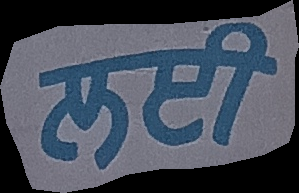
ਲਈ